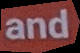
and